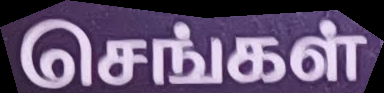
செங்கள்